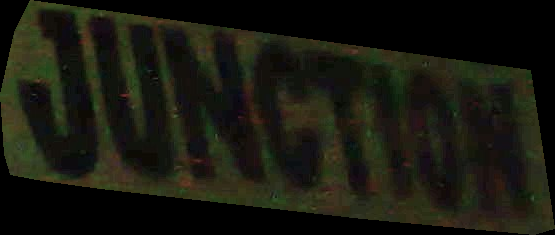
JUNCTION